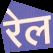
रेल